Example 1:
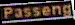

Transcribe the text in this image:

Passeng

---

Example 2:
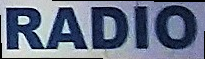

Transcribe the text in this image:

RADIO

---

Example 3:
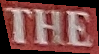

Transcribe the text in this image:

THE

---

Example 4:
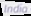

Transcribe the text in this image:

India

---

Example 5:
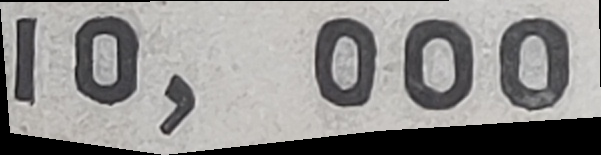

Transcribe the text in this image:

10,000